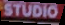
STUDIO